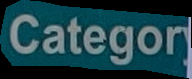
Category